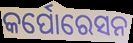
କର୍ପୋରେସନ